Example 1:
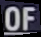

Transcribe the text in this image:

OF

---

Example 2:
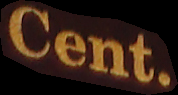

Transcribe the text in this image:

Cent.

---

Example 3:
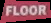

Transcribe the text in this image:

FLOOR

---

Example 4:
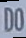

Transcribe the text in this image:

DO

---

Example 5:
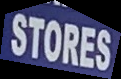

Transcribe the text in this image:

STORES